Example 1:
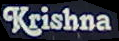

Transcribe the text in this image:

Krishna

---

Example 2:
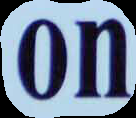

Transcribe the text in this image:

on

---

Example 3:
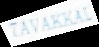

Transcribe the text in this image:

TAVAKKAL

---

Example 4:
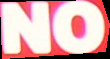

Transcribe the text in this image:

NO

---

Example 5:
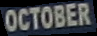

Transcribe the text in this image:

OCTOBER